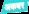
अकबर